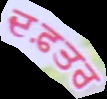
ਦਫ਼ਤਰ